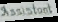
Assistant